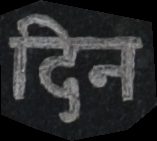
दिन